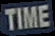
TIME